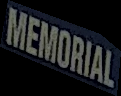
MEMORIAL